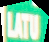
LATU